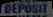
DEPOSIT